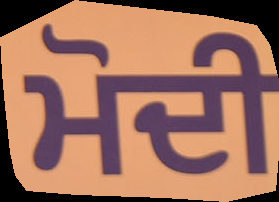
ਮੋਦੀ